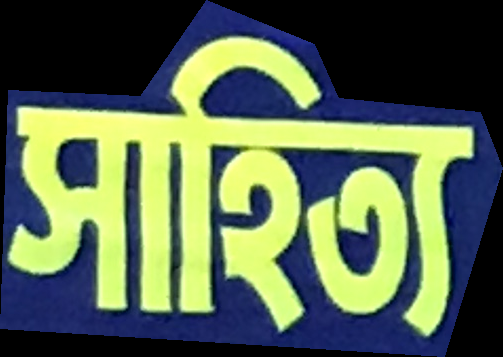
সাহিত্য